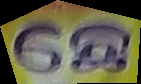
ଛେ